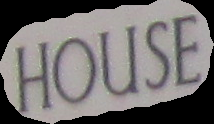
HOUSE